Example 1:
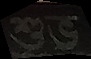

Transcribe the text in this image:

শুড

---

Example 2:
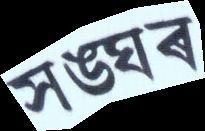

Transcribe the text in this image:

সঙঘৰ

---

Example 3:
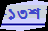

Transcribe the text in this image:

১৩শ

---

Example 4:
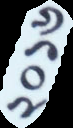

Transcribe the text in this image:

২০১৬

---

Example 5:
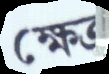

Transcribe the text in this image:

ক্ষেত্র